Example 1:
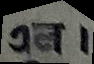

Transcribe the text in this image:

এল।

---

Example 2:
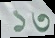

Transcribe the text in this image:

১৩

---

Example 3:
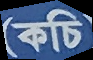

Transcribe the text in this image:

(কচি)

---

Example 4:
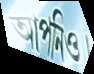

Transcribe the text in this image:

আপনিও৷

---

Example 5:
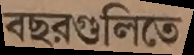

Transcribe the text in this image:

বছরগুলিতে